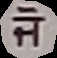
ਜੋ